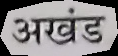
अखंड